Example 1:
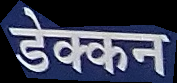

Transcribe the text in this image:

डेक्कन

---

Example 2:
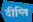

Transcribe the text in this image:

दीप्ति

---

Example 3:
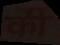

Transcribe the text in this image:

की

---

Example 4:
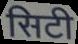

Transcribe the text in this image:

सिटी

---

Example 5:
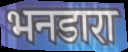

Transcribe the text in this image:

भनडारा